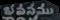
భవనము